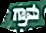
ಗ್ರಾಮ